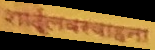
शार्दूलवरवाहना